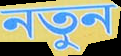
নতুন